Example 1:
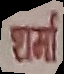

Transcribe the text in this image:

शर्मा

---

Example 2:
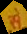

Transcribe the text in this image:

सेे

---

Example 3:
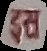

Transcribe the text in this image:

इस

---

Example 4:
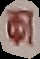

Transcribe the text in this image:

का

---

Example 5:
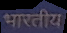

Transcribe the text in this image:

भारतीय